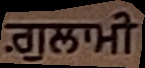
ਗ਼ਲਾਮੀ